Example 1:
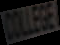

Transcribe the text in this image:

COLLEGE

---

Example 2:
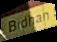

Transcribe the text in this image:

Bidhan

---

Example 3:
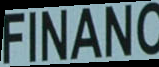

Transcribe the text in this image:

FINANC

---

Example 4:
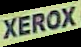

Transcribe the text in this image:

XEROX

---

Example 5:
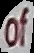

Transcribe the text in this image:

of